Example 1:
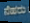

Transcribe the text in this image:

ನೆಹರು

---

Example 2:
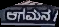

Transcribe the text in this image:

ಆಗಮನ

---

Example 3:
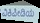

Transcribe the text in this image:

ಎಕಿಪೀಡಿಯ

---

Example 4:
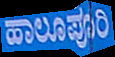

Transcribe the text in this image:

ಹಾಲೂಪೂರಿ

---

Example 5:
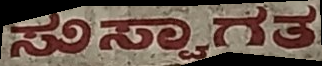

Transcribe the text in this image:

ಸುಸ್ವಾಗತ